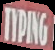
TYPING